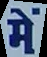
में